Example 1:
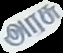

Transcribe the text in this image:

அரசு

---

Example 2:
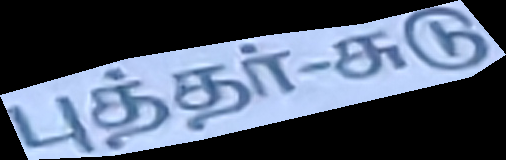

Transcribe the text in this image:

புத்தர்-சுடு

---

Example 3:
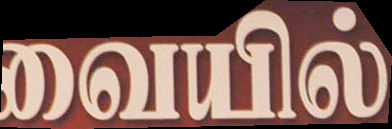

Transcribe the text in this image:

வையில்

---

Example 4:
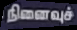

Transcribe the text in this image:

நினைவுச்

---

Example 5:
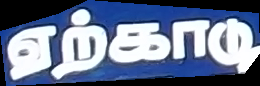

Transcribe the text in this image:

ஏற்காடு